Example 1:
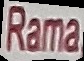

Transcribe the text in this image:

Rama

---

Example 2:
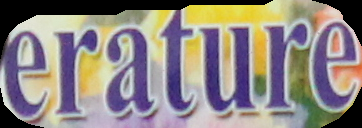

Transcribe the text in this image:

erature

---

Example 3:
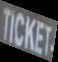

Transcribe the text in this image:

TICKET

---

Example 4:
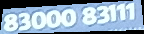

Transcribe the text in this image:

8300083111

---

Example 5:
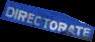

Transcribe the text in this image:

DIRECTORATE